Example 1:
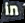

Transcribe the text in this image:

in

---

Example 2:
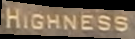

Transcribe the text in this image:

HIGHNESS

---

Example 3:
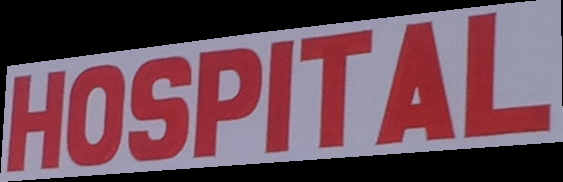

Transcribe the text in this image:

HOSPITAL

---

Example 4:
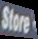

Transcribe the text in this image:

Store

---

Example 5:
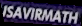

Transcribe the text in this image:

USAVIRMATH